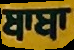
ਬਾਬਾ